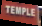
TEMPLE